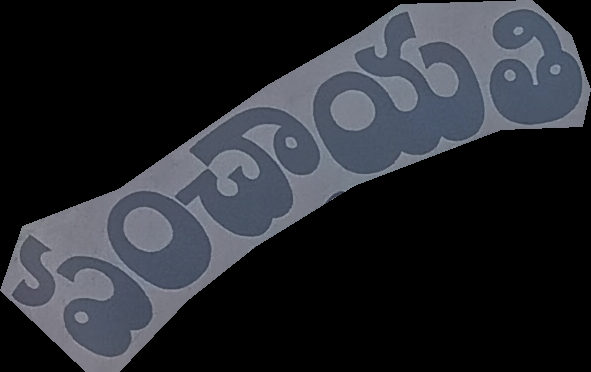
పంచాయతి